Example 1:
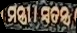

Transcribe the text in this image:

ମନ୍ତ୍ରୀ I ସତନ୍ତ୍ର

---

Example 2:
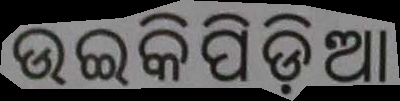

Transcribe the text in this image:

ଉଇକିପିଡ଼ିଆ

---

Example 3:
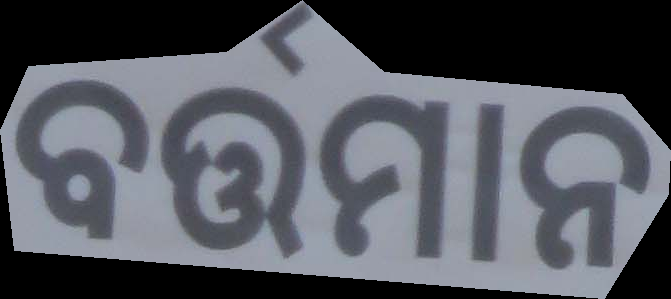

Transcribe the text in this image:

ବର୍ତ୍ତମାନ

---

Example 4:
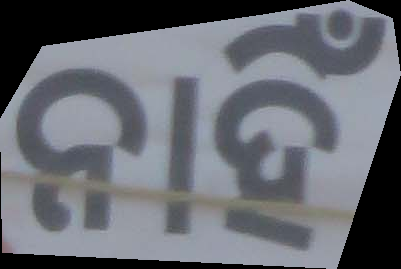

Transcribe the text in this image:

ନାହିଁ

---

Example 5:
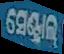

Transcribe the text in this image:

ସେଣ୍ଟ୍ରାଲ୍